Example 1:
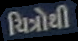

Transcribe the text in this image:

ચિત્રોથી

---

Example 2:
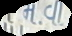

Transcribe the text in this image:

મ.વી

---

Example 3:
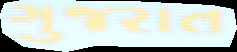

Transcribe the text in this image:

ગુજરાત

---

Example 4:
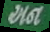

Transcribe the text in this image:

અન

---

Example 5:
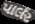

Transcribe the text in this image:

પાર્લર